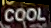
COOL